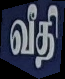
வீதி